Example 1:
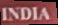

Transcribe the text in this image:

INDIA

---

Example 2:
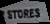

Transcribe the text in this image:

STORES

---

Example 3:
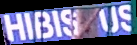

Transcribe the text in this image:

HIBISUS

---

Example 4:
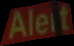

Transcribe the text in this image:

Alert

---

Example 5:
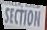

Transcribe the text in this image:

SECTION